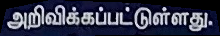
அறிவிக்கப்பட்டுள்ளது.